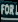
FOR